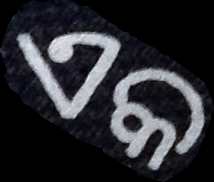
ଏକ